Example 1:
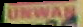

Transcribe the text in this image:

UNWAN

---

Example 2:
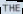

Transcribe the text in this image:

THE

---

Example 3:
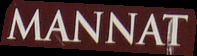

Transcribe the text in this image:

MANNAT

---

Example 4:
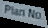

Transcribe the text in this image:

PlanNo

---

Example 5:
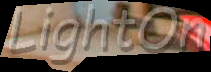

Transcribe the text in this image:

Lighton